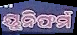
ୟୁନିଫର୍ମ